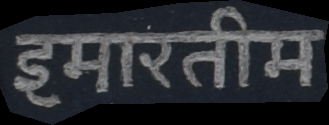
इमारतीम